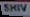
SHIV